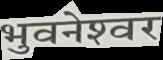
भुवनेश्‍वर